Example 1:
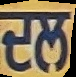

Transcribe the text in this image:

ਦਲ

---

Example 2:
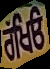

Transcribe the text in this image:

ਰੱਖਿੳ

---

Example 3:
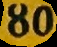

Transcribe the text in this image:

੪੦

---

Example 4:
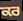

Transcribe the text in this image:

ਕਰ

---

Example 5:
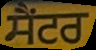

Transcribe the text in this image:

ਸੈਟਰ